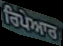
ਰਿਪੇਆਰ